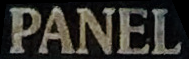
PANEL